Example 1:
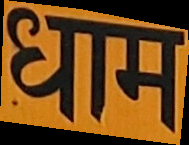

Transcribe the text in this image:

धाम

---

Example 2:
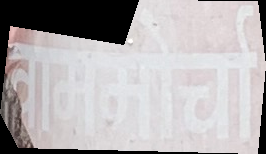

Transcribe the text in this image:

वाममोर्चा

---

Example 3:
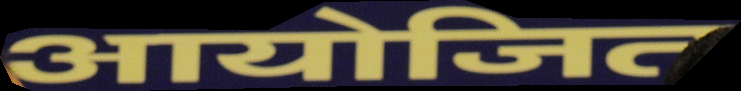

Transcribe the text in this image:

आयोजि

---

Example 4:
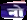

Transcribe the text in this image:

नो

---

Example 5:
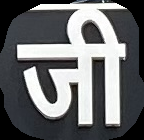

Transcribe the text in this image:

जी